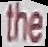
the